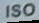
ISO